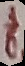
है